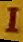
I